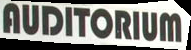
AUDITORIUM